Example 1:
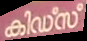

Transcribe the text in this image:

കിഡ്‌സ്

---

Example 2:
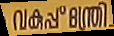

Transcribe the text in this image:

വകുപ്പ് മന്ത്രി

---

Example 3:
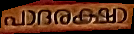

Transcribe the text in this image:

പാദരക്ഷാ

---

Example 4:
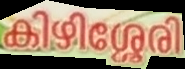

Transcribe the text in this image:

കിഴിശ്ശേരി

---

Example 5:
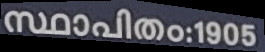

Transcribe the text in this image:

സ്ഥാപിതം:1905